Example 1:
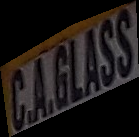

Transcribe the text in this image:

C.A.GLASS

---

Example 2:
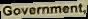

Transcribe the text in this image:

Government,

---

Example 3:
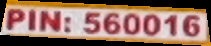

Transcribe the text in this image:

PIN:560016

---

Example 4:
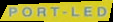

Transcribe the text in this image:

PORT-LED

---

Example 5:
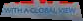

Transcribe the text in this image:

WITHAGLOBALNEW